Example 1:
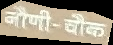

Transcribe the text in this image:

नौणी-चौक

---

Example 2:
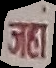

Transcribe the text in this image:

जहां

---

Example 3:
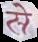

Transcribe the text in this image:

से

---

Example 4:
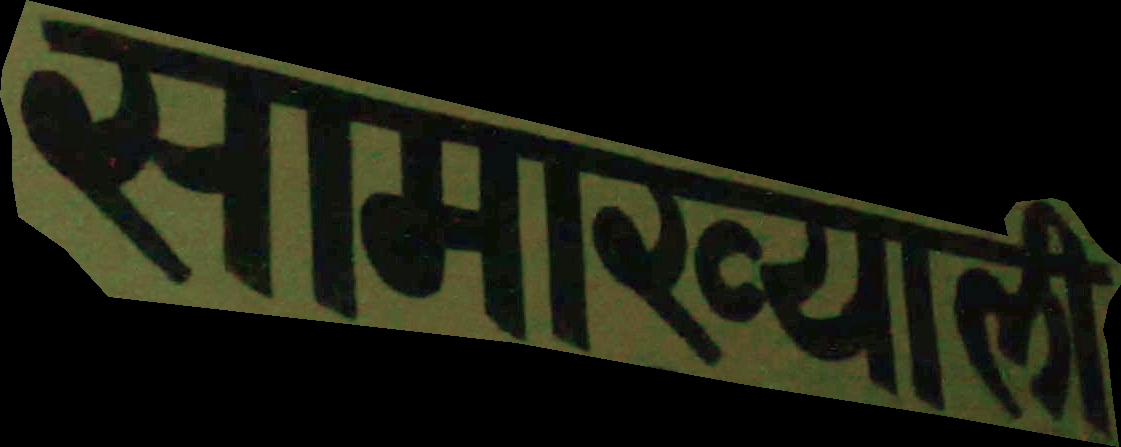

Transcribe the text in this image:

सामाख्याली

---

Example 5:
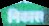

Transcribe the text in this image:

निकास